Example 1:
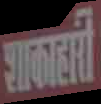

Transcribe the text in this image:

शाकाहारी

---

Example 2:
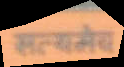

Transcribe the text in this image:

सत्यमेव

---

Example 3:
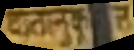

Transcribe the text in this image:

वातानुकू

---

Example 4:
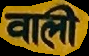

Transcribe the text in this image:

वाली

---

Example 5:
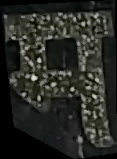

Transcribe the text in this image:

म